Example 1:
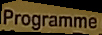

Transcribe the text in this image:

Programme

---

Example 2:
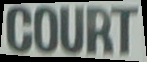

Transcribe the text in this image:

COURT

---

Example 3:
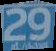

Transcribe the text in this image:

29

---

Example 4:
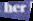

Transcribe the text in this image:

her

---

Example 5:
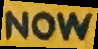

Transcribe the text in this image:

NOW